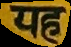
यह